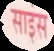
साइंस